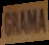
GRAMA